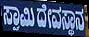
ಸ್ವಾಮಿ ದೇವಸ್ಥಾನ